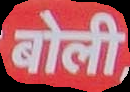
बोली